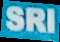
SRI